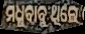
ମଧୁବାବୁ ଥିଲେ